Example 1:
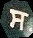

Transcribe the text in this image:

ਸ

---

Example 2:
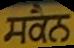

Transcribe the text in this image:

ਸਕੈਨ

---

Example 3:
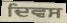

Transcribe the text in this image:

ਦਿਵਸ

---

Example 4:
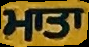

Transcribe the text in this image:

ਮਾਤਾ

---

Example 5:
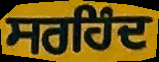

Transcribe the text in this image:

ਸਰਹਿੰਦ